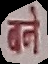
बने